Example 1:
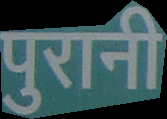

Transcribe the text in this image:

पुरानी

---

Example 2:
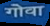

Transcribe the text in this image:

गोवा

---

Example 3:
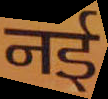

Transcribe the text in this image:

नई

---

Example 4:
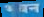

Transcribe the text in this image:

भवन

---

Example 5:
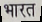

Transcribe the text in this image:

भारत